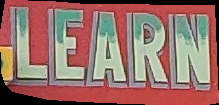
LEARN